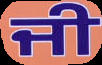
ਜੀ